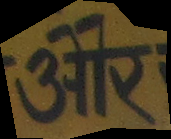
और